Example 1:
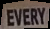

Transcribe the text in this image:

EVERY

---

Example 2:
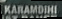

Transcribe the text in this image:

KARAMDIHI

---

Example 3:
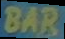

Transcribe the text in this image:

BAR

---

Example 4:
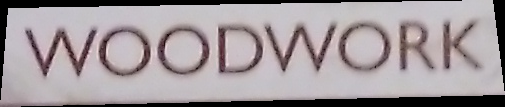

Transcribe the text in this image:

WOODWORK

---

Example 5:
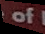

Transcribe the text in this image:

of